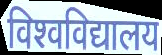
विश्‍वविद्यालय